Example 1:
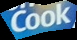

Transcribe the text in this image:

Cook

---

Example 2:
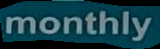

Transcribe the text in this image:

monthly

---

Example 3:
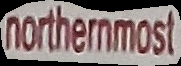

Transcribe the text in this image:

northernmost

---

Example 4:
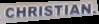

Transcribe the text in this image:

CHRISTIAN.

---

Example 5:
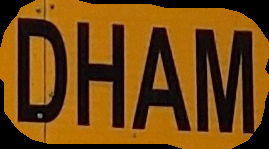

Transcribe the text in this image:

DHAM